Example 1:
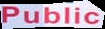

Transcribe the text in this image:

Public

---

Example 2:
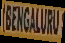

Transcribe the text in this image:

(BENGALURU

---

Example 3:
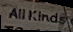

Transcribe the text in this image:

All Kinds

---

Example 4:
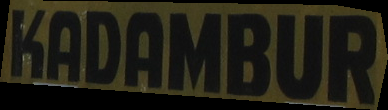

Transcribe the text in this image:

KADAMBUR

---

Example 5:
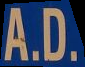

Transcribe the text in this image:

A.D.